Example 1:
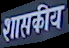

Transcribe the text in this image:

शासकीय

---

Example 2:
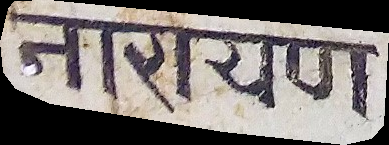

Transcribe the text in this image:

नारायण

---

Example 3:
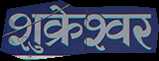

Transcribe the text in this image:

शुक्रेश्वर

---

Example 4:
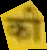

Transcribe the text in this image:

कीे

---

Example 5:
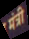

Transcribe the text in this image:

मंत्री